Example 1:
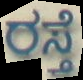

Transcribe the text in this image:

ರಸ್ತ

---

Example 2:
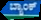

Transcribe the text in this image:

ಬ್ಯಾಂಕ್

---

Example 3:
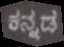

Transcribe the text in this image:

ಕನ್ನಡ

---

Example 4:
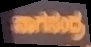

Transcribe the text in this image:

ನಾಗಸಂದ್ರ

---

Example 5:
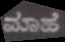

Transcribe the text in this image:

ಮಾಹ